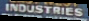
INDUSTRIES